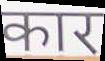
कार